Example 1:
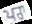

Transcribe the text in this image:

ਪਰਾ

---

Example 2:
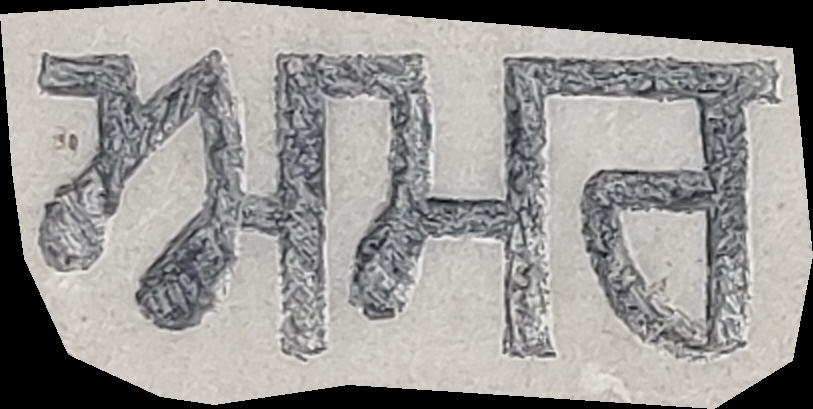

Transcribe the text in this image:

ਅਮਰ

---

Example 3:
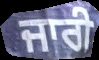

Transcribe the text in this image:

ਜਾਰੀ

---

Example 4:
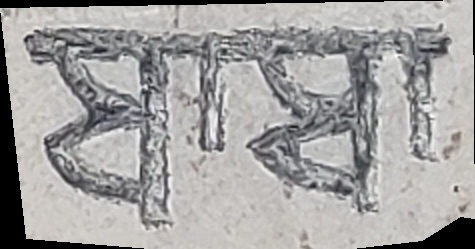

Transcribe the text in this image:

ਬਾਬਾ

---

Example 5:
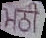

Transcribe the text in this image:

ਮਠੀ